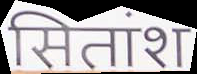
सितांश